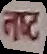
नष्ट